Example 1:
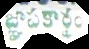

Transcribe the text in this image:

జ్ఞాపకార్థం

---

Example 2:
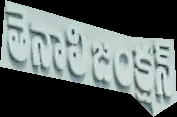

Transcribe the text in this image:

తెనాలి జంక్షన్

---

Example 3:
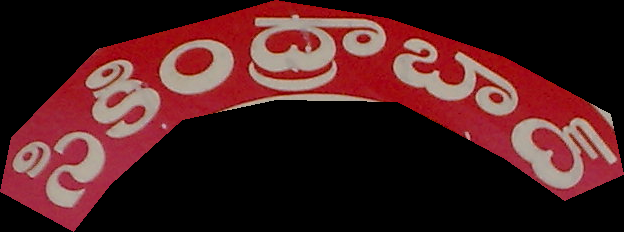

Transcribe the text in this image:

సికింద్రాబాద్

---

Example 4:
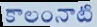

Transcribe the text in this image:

కాలంనాటి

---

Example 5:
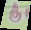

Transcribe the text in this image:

శ్ర